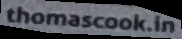
thomascook.in